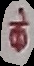
क‍े